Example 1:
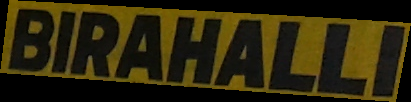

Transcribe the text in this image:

BIRAHALLI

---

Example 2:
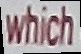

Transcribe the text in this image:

which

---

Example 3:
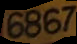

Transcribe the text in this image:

6867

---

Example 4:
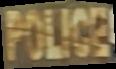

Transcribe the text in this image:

POLICE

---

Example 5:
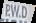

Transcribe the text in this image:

P.W.D